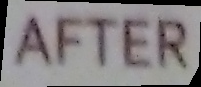
AFTER